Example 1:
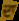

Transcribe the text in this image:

ਦਾ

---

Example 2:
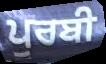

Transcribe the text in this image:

ਪੁਰਬੀ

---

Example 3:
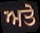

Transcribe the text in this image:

ਅਤੇ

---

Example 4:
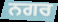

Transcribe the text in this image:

ਨਗਰ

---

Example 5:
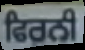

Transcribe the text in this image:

ਫਿਰਈ